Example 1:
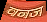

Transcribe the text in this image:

वनज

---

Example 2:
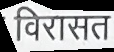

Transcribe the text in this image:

वि‍रासत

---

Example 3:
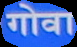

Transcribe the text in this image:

गोवा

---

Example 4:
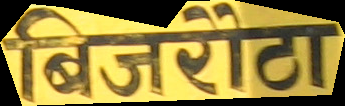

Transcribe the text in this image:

बिजरौठा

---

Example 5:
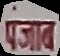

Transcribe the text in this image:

पंजाब